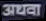
अथवा